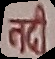
नदी